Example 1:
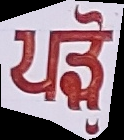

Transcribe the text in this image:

ਪੜ੍ਹੋ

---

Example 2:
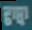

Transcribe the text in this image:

ਢਾਬਾ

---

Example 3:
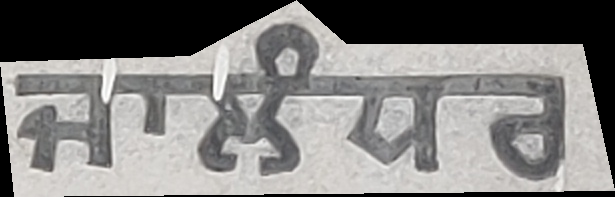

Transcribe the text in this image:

ਜਾਲੰਧਰ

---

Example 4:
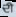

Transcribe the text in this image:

ਦੀ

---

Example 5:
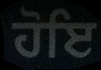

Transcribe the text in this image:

ਹੋਇ